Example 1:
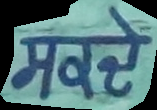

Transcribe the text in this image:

ਸਕਦੇ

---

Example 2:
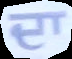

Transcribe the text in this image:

ਦਾ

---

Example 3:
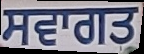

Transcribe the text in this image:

ਸਵਾਗਤ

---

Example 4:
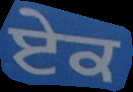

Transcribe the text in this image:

ਏਕ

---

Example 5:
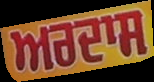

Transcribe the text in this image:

ਅਰਦਾਸ